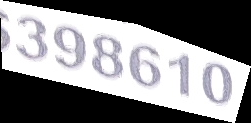
398610